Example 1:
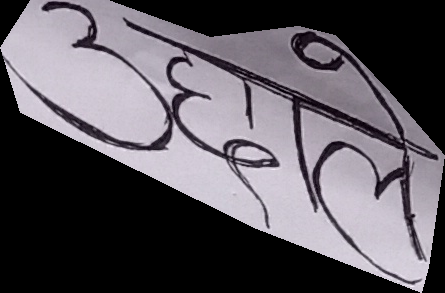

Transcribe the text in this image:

उछाले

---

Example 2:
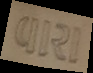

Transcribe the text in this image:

वारा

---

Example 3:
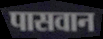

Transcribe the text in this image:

पासवान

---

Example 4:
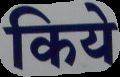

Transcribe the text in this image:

किये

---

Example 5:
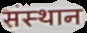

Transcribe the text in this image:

संस्थान